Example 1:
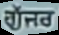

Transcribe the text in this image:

ਗ੍ਹੱਜਰ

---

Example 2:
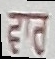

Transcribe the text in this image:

ਵਾਰ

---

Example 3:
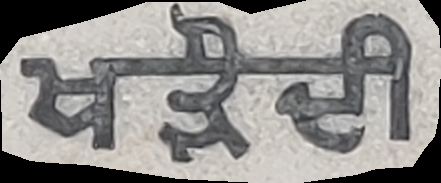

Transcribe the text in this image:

ਖੜੋਦੀ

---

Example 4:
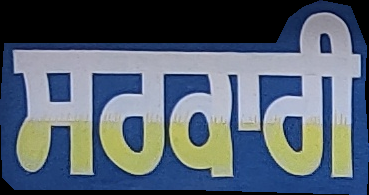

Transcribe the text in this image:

ਸਰਕਾਰੀ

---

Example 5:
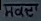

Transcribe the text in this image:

ਸਕਦਾ